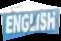
ENGLISH